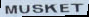
MUSKET